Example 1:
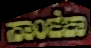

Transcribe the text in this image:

ಪಾಂಜಚಾ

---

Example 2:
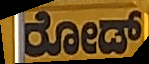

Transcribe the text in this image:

ರೋಡ್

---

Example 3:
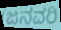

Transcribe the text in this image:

ಜನವರಿ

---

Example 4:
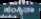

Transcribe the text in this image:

ಸಂಸ್ವಿತಾ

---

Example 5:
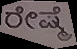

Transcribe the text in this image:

ರೇಷ್ಮ